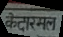
केदारमल